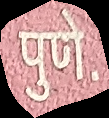
पुणे.